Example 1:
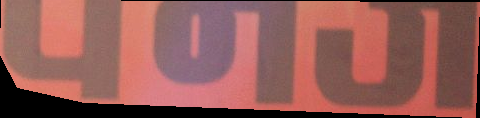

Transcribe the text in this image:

बणम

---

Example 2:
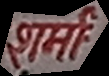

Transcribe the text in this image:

शर्मा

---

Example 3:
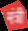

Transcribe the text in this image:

मंत्री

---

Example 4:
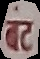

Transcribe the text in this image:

बंट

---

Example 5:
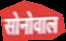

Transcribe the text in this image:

सोनोवाल